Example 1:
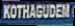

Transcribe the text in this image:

KOTHAGUDEM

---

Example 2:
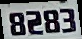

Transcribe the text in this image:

8283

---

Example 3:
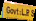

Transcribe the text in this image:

Govt:LPS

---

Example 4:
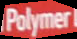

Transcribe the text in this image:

Polymer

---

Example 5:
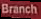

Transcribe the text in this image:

Branch